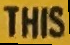
THIS